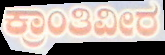
ಕ್ರಾಂತಿವೀರ